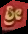
ಶ್ರೀ